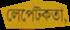
লেপেটকতা,